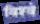
विश्वे